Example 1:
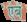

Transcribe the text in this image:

एवं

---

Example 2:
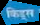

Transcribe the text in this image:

किड्स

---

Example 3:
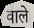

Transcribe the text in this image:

वाले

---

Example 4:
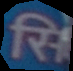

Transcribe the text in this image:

सि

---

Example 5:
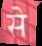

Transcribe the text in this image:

से